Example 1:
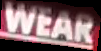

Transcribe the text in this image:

WEAR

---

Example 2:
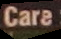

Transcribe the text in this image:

Care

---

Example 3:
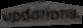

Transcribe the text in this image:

updations.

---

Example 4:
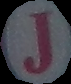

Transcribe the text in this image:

J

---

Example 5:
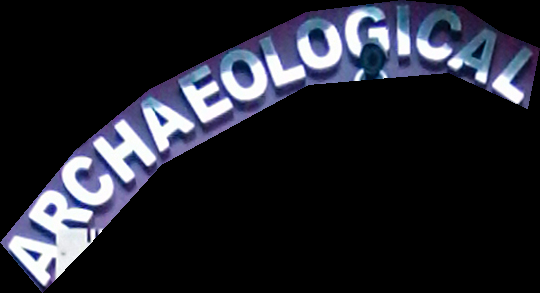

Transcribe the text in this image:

ARCHAEOLOGICAL